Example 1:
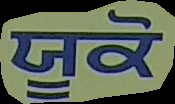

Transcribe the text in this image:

ਯੂਕੋ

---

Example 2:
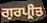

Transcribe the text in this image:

ਗੁਰਪ੍ਰੀਤ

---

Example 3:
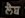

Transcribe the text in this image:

ਲੈਬ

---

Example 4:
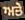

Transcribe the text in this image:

ਅਤੇ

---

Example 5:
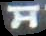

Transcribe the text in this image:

ਸ